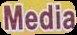
Media